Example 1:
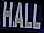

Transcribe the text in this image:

HALL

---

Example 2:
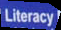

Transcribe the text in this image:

Literacy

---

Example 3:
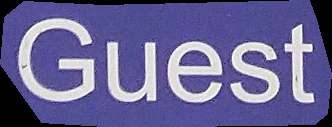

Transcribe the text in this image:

Guest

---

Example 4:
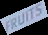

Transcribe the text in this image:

FRUITS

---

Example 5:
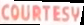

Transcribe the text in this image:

COURTESY